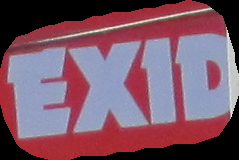
EXID